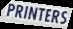
PRINTERS